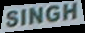
SINGH